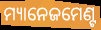
ମ୍ୟାନେଜମେଣ୍ଟ